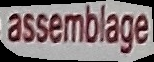
assemblage